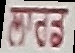
ਲਾਰਡ